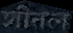
शीतल